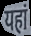
यहां